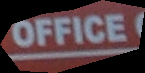
OFFICE